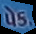
પેક